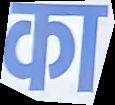
का